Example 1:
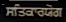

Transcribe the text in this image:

ਸਤਿਕਾਰਯੋਗ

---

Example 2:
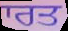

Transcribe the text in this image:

ਰਤ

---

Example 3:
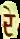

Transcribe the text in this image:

ਦੇ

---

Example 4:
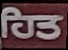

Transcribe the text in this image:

ਹਿਤ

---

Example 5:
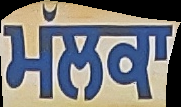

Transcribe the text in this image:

ਮੱਲਕਾ